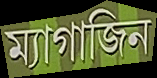
ম্যাগাজিন